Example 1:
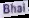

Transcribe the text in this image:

Bhai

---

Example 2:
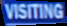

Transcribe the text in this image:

VISITING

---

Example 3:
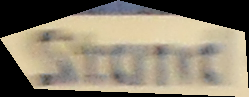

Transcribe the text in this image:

Stant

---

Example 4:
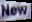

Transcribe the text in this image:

New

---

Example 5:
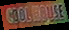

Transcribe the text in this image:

COOLHOUSE